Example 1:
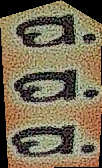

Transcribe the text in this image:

ପ.ପ.ପ.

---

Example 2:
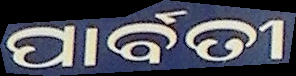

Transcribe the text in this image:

ପାର୍ବତୀ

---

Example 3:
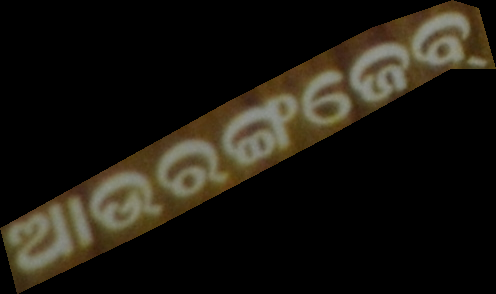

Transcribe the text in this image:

ଆଉରଙ୍ଗଜେବ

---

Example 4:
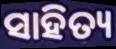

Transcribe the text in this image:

ସାହିତ୍ୟ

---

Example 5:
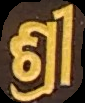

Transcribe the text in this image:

ଶ୍ରୀ